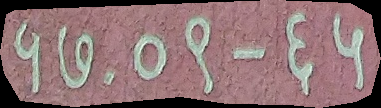
५७.०९-६५